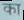
का